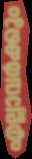
എല്ലാവർക്കും